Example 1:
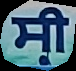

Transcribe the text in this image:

ਸ੍ਰੀ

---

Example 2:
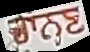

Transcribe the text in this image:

ਚਾਨਣ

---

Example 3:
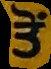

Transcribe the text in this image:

ਤੋਂ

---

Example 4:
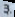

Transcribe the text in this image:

੩.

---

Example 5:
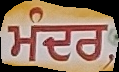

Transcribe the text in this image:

ਮੰਦਰ